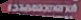
മാരകരോഗങ്ങൾ